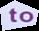
to